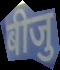
बीजु